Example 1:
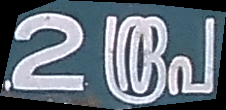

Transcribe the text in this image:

2 രൂപ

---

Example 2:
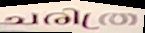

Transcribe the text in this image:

ചരിത്ര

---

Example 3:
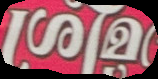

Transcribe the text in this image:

ശ്രീ്മ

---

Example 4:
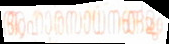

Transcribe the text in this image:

ആഹാരസാധനങ്ങളും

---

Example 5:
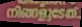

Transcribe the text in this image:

നിങ്ങളുടേത്